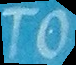
TO